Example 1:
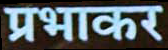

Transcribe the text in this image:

प्रभाकर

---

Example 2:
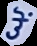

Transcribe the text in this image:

उॆਂ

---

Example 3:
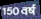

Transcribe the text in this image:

150 वर्ष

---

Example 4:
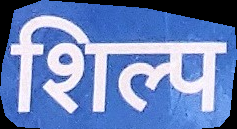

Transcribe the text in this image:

शिल्प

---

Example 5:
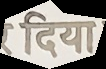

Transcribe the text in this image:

दिया